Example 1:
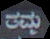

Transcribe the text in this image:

ತಮ್ರ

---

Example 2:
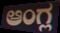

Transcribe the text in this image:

ಆಂಗ್ಲ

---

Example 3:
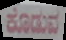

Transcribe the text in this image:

ಕೊಡುವ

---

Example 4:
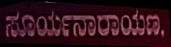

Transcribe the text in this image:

ಸೂರ್ಯನಾರಾಯಣ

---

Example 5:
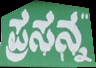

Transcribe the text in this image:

ಪ್ರಸನ್ನ